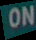
ON